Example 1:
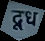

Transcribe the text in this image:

दूध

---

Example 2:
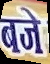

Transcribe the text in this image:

बजे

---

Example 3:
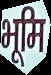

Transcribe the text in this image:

भूमि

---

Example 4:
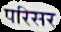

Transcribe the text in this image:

परिसर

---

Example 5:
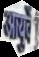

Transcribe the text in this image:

आयुवें